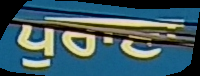
ਪੁਰਾਣਾ